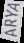
ARYA